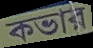
কভার